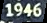
1946